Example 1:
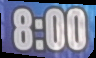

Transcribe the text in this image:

8:00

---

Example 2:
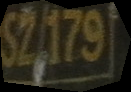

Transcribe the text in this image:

SZ/179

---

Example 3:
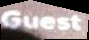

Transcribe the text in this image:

Guest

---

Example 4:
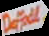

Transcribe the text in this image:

Daffodil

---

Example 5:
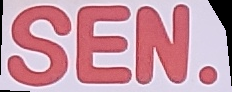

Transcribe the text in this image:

SEN.